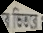
ভিতরে